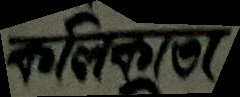
কলিকাতা